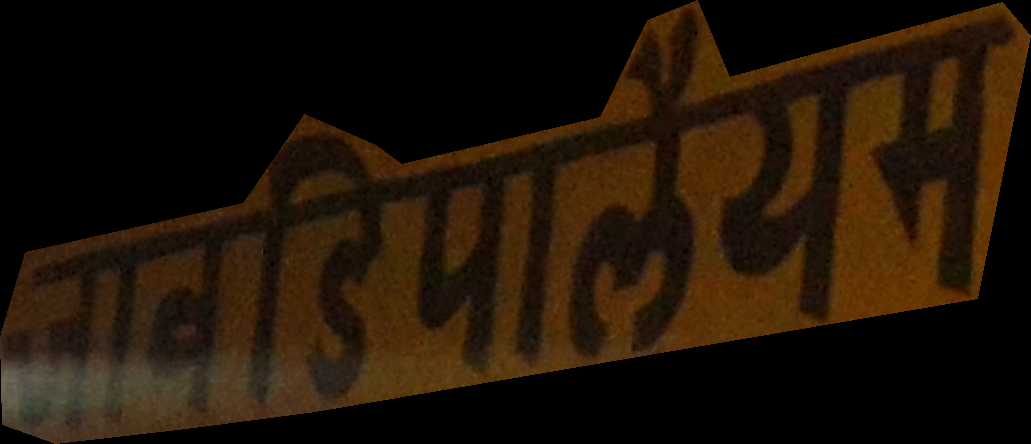
जावडिपालैयम